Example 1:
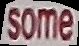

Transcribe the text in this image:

some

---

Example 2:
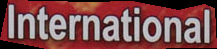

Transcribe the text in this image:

International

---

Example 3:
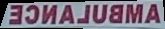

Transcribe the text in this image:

AMBULANCE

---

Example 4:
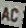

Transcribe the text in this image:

AC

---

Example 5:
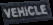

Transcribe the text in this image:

VEHICLE